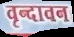
वृन्दावन